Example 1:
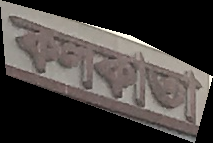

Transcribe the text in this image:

কলকাডা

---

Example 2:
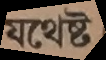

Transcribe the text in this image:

যথেষ্ট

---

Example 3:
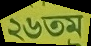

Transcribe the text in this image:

২৬তম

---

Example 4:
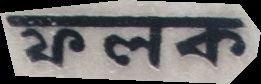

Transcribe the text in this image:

ফলক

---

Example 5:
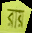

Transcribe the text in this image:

রায়